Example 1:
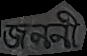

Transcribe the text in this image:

জননী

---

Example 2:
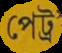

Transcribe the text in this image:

পেট্র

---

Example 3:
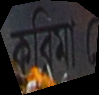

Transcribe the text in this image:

করিমা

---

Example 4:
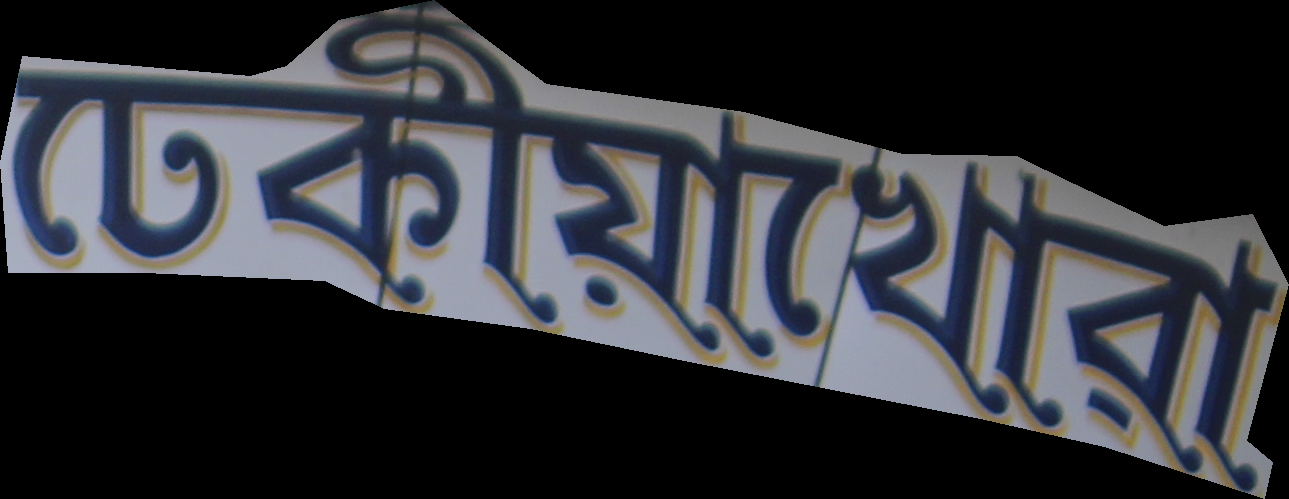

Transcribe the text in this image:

ঢেকীয়াখোরা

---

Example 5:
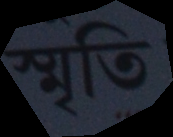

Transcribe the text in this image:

স্মৃতি